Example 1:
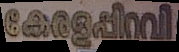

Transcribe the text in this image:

കേരളപ്പിറവി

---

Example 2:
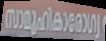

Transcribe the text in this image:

സാമൂഹികാരോഗ്യ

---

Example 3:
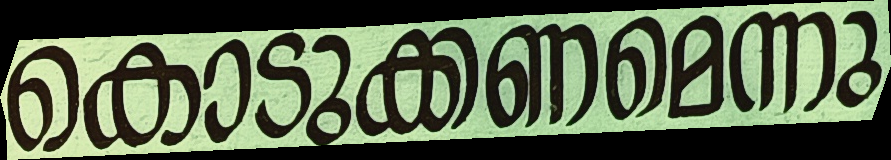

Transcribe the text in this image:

കൊടുക്കണമെന്നു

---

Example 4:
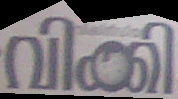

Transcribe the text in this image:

വിക്കി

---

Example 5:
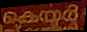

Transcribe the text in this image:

കെതർ